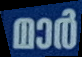
മാ‍ർ